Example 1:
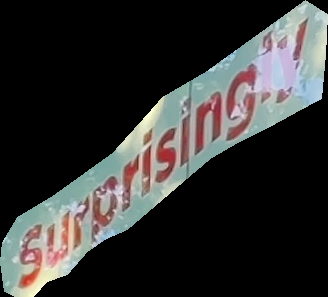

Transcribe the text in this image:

20007610524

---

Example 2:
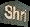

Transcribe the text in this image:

Shri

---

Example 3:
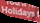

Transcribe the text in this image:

Holidays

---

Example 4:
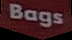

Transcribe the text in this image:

Bags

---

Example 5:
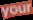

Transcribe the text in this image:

your